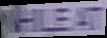
HLE AT